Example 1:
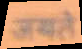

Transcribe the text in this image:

जयते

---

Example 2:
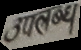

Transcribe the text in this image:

उपलब्ध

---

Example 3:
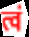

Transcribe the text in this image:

त्वं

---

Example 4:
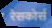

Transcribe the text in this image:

रेसकोर्स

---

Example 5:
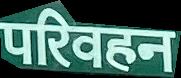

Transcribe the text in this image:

परिवहन